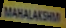
MAHALAKSHMI